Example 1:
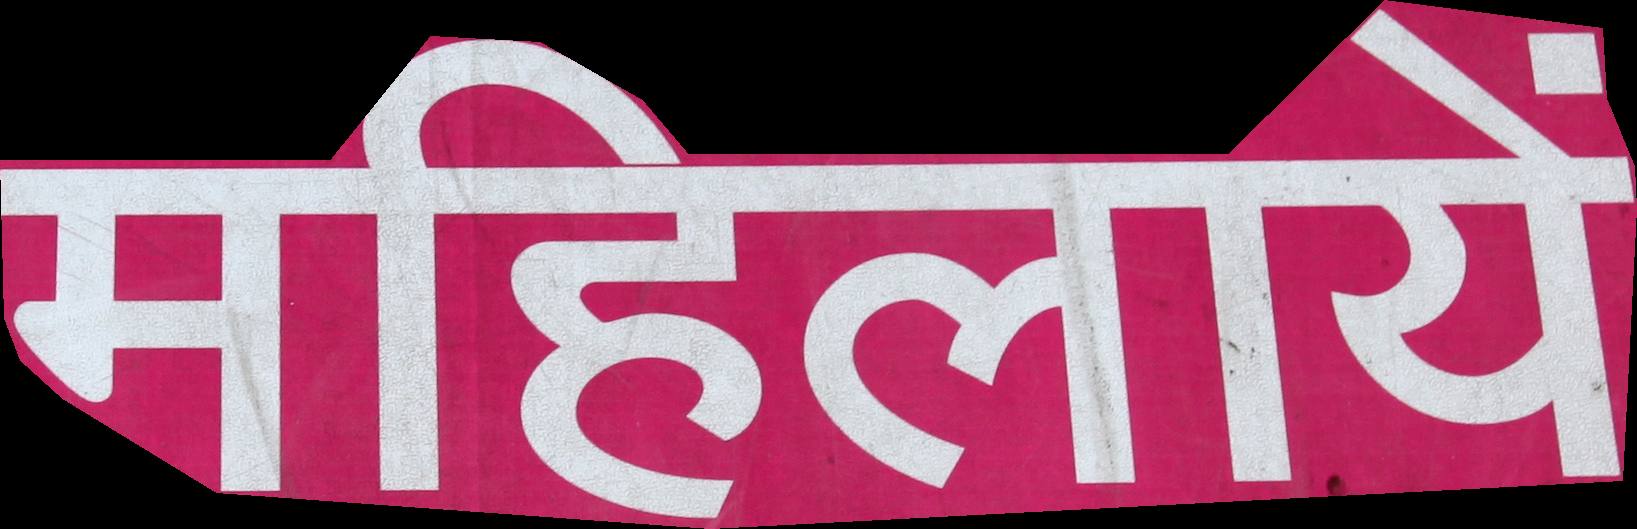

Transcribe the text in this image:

महिलायें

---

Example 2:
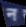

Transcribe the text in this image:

न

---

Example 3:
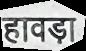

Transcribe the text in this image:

हावड़ा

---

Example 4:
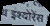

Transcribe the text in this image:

इश्योरेंस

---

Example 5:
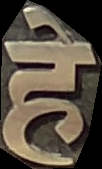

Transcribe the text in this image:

हे